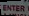
ENTER